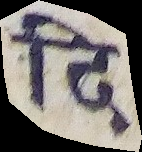
दि